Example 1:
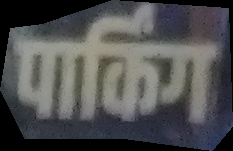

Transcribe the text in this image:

पार्किंग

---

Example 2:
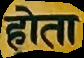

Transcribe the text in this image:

होता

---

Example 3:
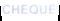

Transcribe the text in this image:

८१६००६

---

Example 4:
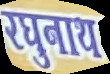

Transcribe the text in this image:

रघुनाथ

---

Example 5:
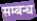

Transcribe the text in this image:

सम्बन्ध